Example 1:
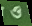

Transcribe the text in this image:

ও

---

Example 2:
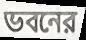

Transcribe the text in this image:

ভবনের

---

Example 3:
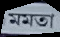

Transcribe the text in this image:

মমতা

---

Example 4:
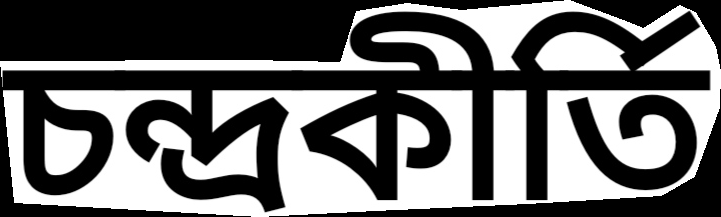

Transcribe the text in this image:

চন্দ্রকীর্তি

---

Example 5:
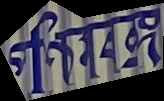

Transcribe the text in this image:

পশ্চিমবঙ্গ